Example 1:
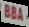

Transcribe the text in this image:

BBA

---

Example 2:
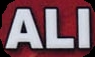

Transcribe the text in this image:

ALI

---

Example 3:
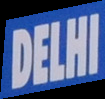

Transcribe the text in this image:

DELHI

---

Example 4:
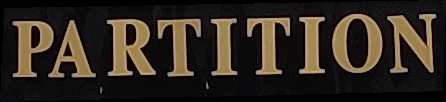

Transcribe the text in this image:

PARTITION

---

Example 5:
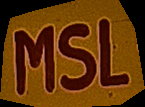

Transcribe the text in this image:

MSL